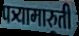
पत्र्यामारुती